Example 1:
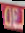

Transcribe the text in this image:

OF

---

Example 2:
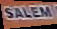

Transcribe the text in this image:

SALEM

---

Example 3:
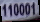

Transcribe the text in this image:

110001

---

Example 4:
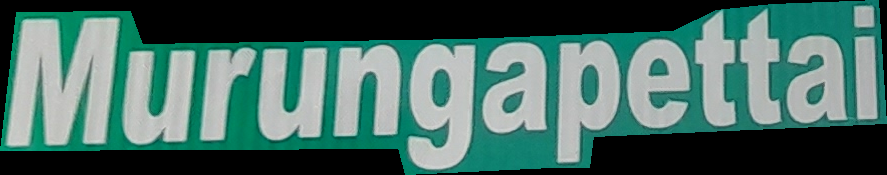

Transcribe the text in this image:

Murungapettai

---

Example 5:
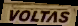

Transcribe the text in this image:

VOLTAS